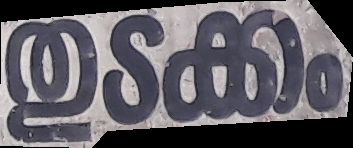
തുടക്കം